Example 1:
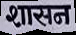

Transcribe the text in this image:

शासन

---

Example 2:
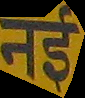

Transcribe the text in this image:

नई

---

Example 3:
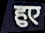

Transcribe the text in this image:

हुए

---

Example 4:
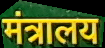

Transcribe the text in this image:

मंत्रालय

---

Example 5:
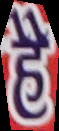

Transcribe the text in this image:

हैं